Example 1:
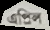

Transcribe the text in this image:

এপ্রিল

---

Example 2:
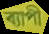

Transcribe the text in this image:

ব্যাপী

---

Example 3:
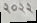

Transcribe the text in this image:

২০২২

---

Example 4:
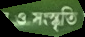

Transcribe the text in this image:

ওসংস্কৃতি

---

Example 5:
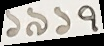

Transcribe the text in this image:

১৯১৭